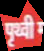
पृथ्वी